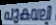
പുകവലി